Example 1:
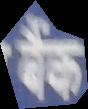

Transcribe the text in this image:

बैंक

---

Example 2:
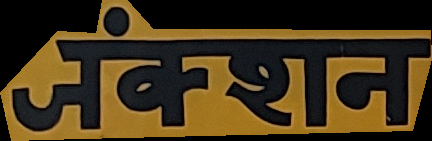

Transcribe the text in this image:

जंक्शन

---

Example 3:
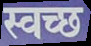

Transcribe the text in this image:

स्वच्छ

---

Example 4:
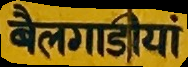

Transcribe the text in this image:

बैलगाडीयां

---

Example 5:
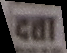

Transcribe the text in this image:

दवा